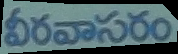
వీరవాసరం